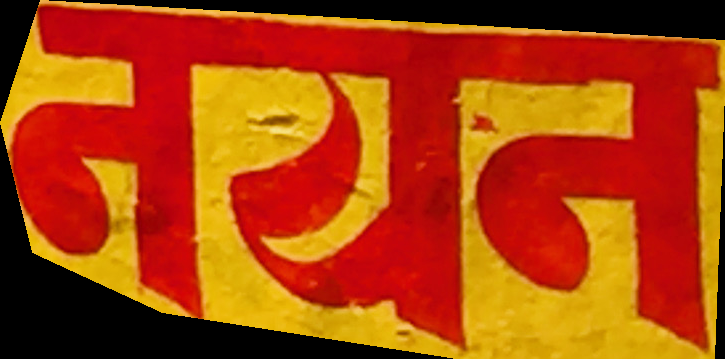
नयन